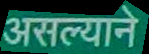
असल्याने